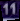
11